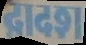
द्वादश